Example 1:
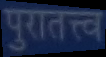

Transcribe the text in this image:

पुरातत्त्व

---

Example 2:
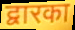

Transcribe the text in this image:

द्वारका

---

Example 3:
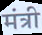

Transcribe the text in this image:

मंत्री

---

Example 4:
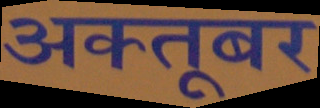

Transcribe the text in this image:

अक्तूबर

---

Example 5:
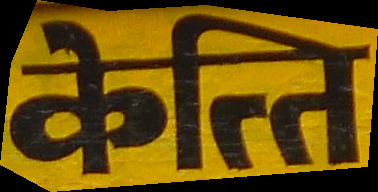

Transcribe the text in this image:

केत्ति